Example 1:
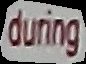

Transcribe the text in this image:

during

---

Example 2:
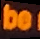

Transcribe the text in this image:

be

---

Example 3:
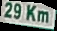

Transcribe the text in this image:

29Km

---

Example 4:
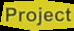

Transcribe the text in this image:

Project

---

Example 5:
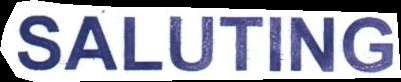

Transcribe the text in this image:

SALUTING